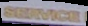
SERVICE